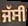
ਜੱਸੀ